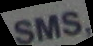
SMS,